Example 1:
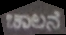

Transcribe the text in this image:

ಚಾಲನ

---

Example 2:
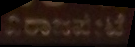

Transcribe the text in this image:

ಎರಾಜಪೇಟಿ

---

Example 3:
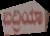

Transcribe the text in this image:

ಬದ್ರಿಯಾ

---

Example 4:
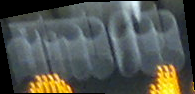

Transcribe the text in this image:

ಸಮಯ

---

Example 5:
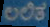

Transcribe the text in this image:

ಲಲಿತ